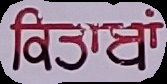
ਕਿਤਾਬਾਂ